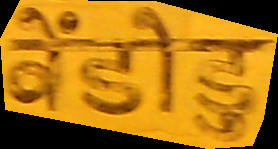
बेंडोडु